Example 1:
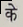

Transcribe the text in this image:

केे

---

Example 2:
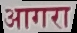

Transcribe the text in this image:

आगरा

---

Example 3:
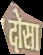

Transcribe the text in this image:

दोसा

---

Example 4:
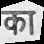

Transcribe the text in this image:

का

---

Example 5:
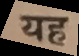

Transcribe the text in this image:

यह